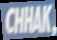
CHHAK,